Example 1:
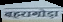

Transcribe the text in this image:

बहरागोड़ा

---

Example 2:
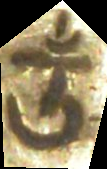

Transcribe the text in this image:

उँ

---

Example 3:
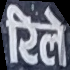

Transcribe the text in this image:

रिले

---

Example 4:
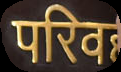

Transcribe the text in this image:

परिवह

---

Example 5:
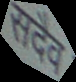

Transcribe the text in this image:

सदैव